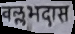
वल्लभदास